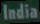
India